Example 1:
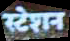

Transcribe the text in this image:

स्टेशन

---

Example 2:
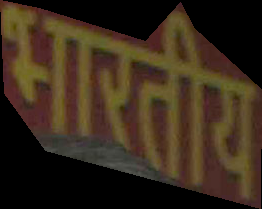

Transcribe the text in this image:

भारतीय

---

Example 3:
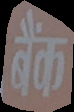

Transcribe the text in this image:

बैंक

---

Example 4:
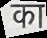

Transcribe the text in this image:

का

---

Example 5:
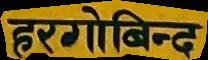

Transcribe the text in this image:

हरगोबिन्द